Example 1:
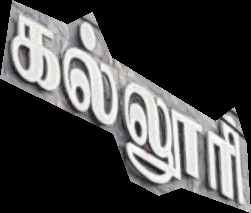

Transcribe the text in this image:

கல்லூாி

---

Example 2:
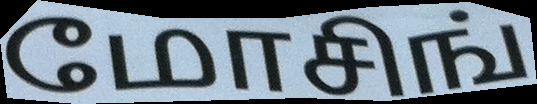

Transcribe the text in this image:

மோசிங்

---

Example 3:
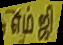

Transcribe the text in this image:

எம் ஜி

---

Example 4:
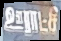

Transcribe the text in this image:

ஊராட-சி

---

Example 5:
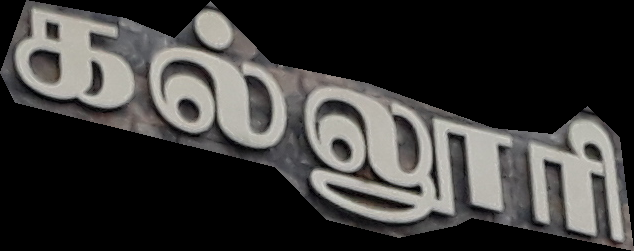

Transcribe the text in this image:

கல்லூாி